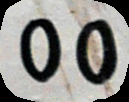
00